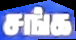
சங்க